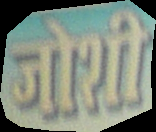
जोशी